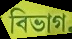
বিভাগ